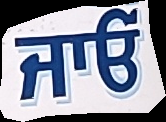
ਜਾਓ